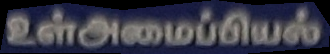
உள்அமைப்பியல்